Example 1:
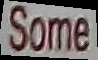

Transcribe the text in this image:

Some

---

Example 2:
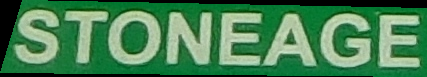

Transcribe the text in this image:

STONEAGE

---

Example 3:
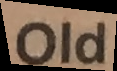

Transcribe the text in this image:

Old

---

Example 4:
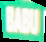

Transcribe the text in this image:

BABU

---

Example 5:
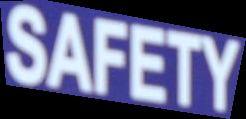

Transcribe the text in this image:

SAFETY